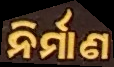
ନିର୍ମାଣ